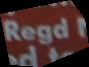
Regd